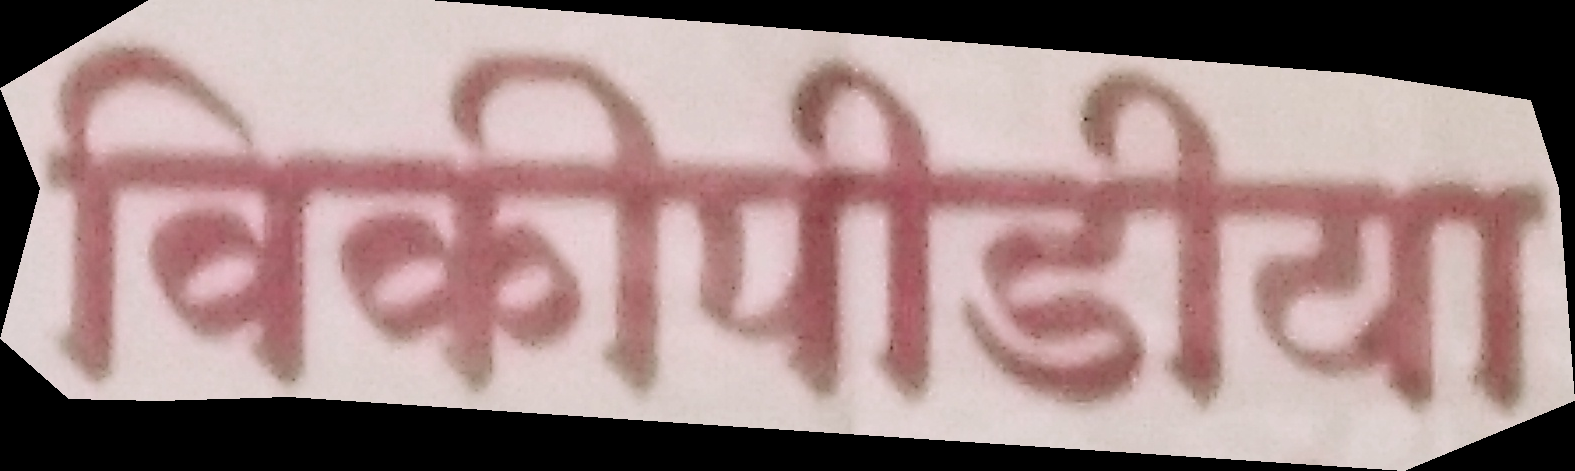
विकीपीडीया